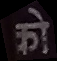
काे